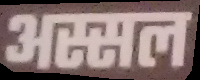
अस्सल